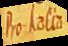
Pro-kalia